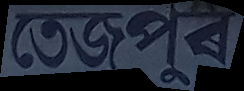
তেজপুৰ